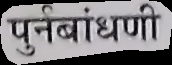
पुर्नबांधणी